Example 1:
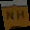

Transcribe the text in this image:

NH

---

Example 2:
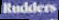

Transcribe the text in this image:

Rudders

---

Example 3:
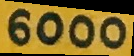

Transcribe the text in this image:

6000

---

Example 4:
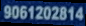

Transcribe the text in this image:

9061202814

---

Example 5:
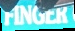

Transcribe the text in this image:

FINGER